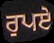
ਰੁਪਏ